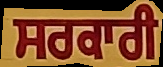
ਸਰਕਾਰੀ